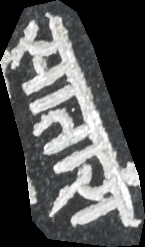
सातारां